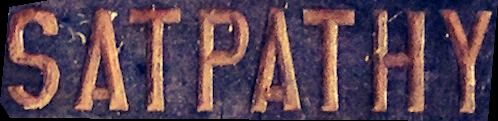
SATPATHY